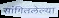
सांगितलेल्या